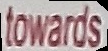
towards